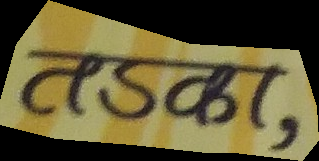
तडका,